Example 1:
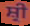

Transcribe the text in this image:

ਸ਼੍ਰੀ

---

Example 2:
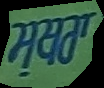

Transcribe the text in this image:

ਸਥਰਾ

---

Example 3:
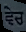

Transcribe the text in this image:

ਵੇਚ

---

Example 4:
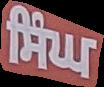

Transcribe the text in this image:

ਸਿੰਘ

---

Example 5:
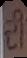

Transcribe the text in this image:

ਦੀ